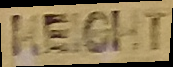
HEIGHT